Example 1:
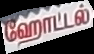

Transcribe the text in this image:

ஹோட்டல்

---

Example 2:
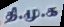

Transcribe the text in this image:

தி.மு.க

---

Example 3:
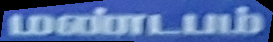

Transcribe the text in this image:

மண்டபம்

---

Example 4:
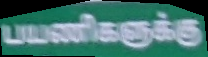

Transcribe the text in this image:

பயணிகளுக்கு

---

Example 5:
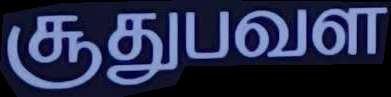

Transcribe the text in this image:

சூதுபவள